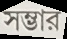
সম্ভার